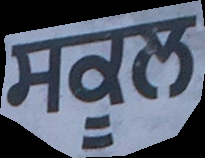
ਸਕੂਲ